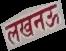
लखनऊ